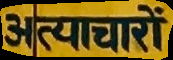
अत्याचारों